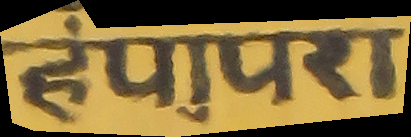
हंपापरा